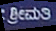
ಶ್ರೀಮತ